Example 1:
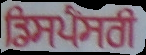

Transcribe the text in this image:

ਡਿਸਪੈਂਸਰੀ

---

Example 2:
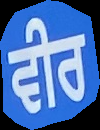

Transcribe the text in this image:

ਵੀਰ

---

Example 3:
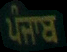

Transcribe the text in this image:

ਪੰਜਾਬ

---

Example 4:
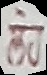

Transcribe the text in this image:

ਲੋਹ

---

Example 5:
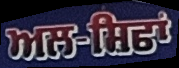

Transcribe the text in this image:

ਅਲ-ਸ਼ਿਫਾਂ